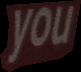
you